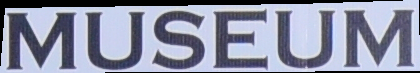
MUSEUM